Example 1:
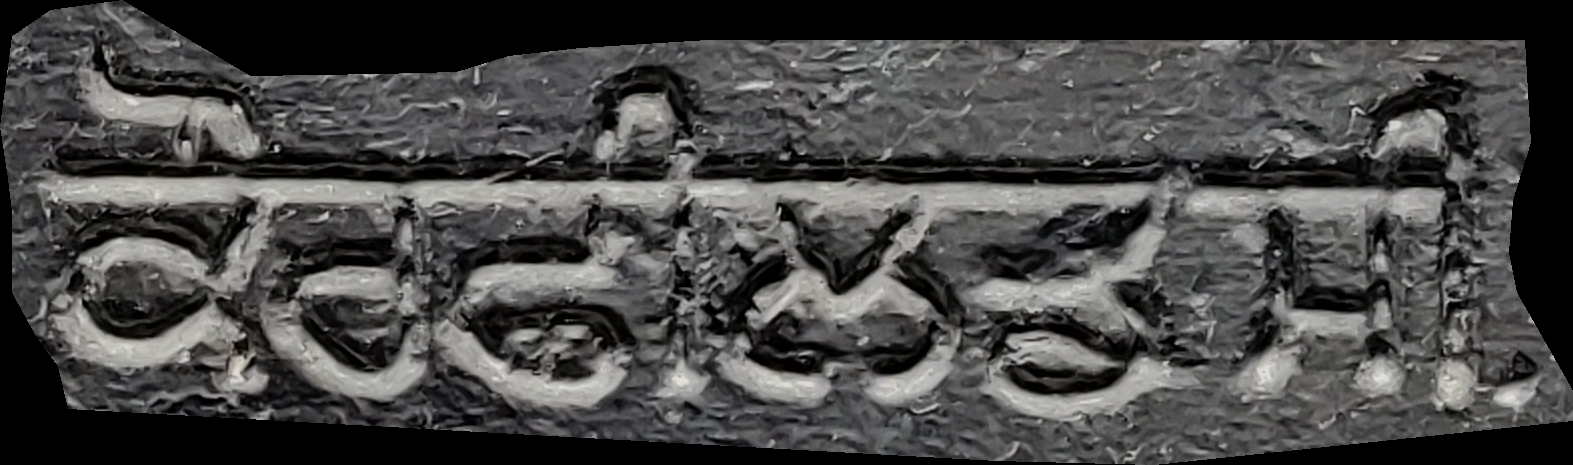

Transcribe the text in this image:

ਕੋਰਫੀਲਡਸੀ.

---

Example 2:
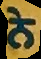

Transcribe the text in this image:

ਨੇ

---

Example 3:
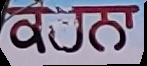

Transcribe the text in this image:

ਕਹਨਾ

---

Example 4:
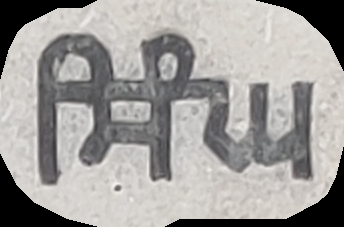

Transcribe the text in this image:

ਸਿੰਘ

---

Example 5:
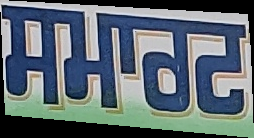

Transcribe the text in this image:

ਸਮਾਰਟ